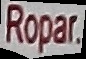
Ropar.